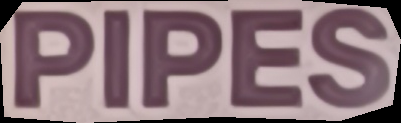
PIPES